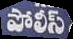
పోలీస్